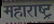
महाराष्‍ट्र